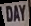
DAY